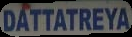
DATTATREYA